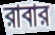
রাবার